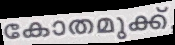
കോതമുക്ക്